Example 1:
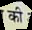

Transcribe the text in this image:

की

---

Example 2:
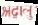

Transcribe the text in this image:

श्रदालु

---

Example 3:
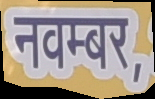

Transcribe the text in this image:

नवम्बर,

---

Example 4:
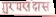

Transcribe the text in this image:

गुर परख दास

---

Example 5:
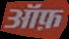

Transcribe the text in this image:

ऑफ़